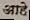
आहे